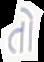
તો